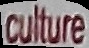
culture